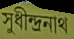
সুধীন্দ্রনাথ